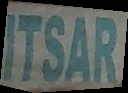
ITSAR